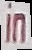
in